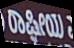
ರಾಫೀಯ